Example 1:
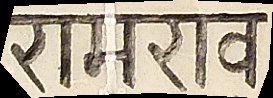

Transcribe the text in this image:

रामराव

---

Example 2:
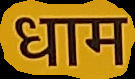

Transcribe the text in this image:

धाम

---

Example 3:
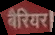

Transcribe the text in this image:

बैरियर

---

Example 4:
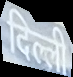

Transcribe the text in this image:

दिल्ली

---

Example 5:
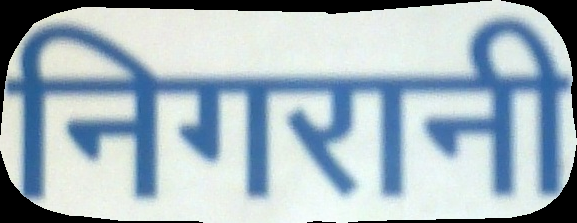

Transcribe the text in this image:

निगरानी